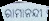
ରାମାନନ୍ଦୀ